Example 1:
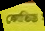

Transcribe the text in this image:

কোভিড৷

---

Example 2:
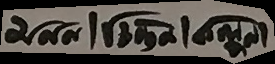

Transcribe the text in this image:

মনন।চিন্তন।কল্পনা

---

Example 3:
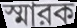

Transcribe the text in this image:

স্মারক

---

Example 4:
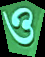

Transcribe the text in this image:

ও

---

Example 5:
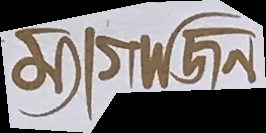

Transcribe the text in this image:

ম্যাগাজিন